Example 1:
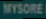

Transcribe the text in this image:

MYSORE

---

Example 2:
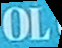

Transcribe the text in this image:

OL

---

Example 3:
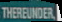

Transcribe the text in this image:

THEREUNDER,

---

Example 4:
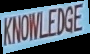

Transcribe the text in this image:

KNOWLEDGE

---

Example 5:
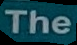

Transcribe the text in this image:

The